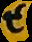
੯